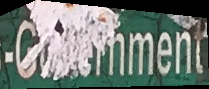
nment